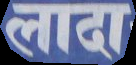
लादा